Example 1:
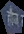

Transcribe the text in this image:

हौज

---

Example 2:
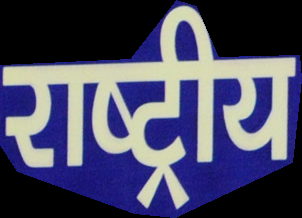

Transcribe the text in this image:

राष्ट्रीय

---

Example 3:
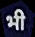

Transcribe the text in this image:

भी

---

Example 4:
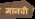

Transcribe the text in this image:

मानवी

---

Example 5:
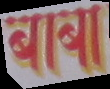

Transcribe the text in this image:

बाबा